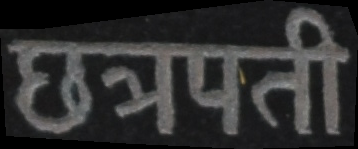
छत्रपती